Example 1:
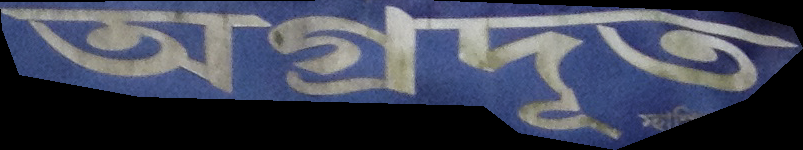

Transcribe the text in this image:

অগ্রদূত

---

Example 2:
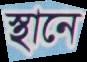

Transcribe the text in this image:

স্থানে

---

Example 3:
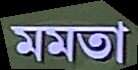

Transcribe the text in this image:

মমতা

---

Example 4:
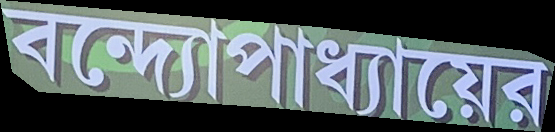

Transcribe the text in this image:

বন্দ্যোপাধ্যায়ের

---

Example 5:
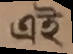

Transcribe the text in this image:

এই